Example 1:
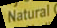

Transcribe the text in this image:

Natural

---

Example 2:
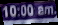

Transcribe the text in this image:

10:00am.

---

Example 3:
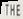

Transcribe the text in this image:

THE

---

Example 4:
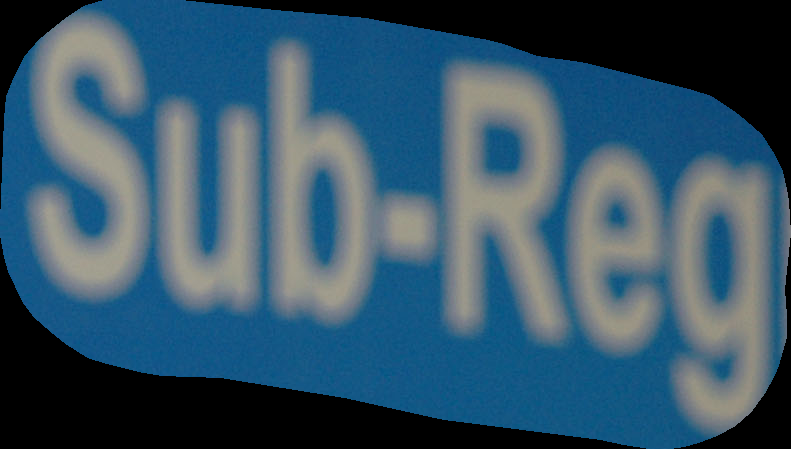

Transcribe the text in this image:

Sub-Reg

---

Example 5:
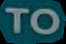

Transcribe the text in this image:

TO